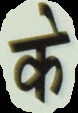
के